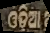
ଓଡ଼ିଆ